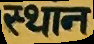
स्थान